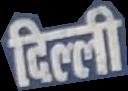
दिल्ली